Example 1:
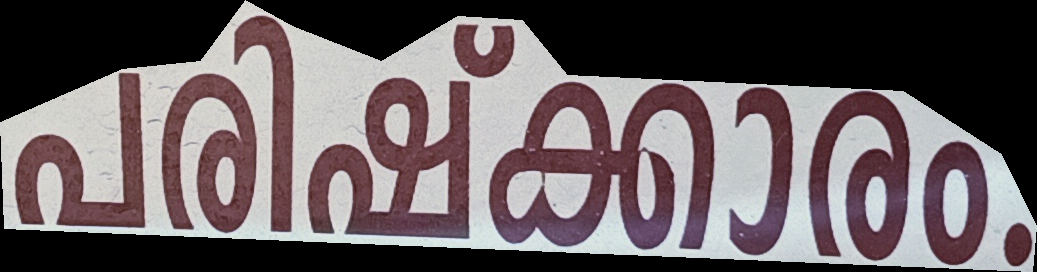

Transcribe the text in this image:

പരിഷ്‌ക്കാരം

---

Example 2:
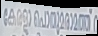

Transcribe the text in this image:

കേരള പൊതുമരാമത്ത്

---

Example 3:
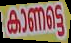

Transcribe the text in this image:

കാണട്ടെ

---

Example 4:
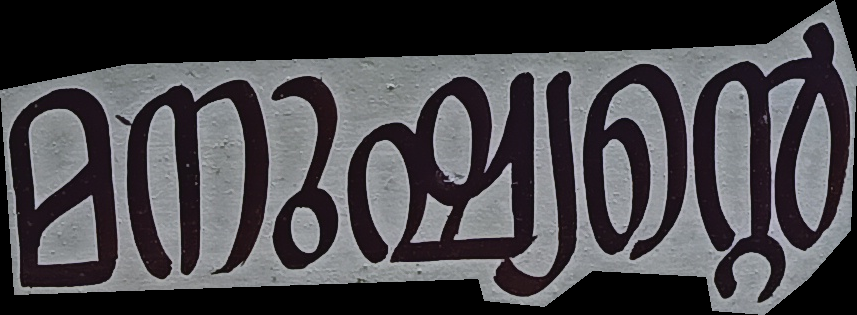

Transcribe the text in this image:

മനുഷ്യൻ്റെ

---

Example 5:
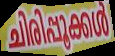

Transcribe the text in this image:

ചിരിപ്പൂക്കൾ